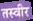
तस्वीर